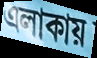
এলাকায়